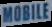
MOBILE